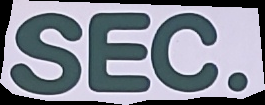
SEC.